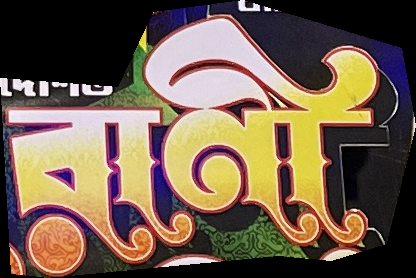
রানী